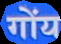
गोंय